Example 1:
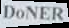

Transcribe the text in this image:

DoNER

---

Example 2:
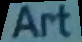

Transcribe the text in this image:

Art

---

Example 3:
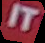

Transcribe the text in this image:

IT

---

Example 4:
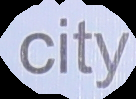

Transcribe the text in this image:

city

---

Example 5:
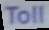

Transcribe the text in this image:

Toll